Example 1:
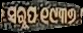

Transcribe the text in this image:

ସରପ ୧୯୩୭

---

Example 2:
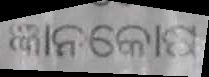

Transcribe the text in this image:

ଜ୍ଞାନକୋପ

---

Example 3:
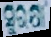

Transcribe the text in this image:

ସୁରକ୍ଷା'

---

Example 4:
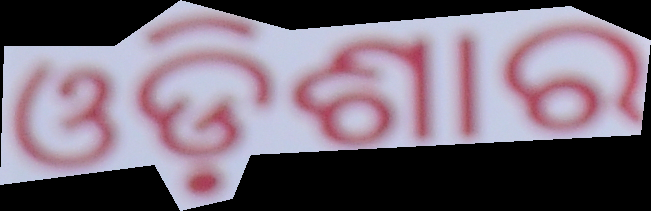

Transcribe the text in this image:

ଓଡ଼ିଶାର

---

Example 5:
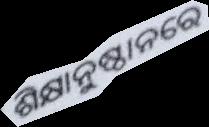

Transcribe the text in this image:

ଶିକ୍ଷାନୁଷ୍ଠାନରେ